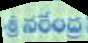
శ్రీనరేంద్ర